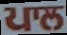
ਪਾਲ